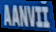
AANVII